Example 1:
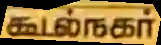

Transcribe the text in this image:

கூடல்நகா்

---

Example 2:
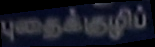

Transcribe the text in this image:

புதைக்குழிப்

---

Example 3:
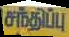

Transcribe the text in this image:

சந்திப்பு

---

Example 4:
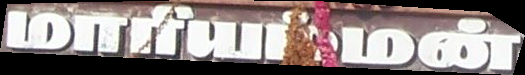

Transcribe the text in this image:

மாாியம்மன்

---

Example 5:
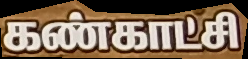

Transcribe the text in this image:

கண்காட்சி